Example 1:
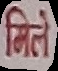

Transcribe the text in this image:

मिले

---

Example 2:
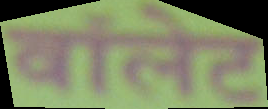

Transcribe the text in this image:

वांलेट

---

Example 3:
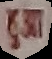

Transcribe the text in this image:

हुआ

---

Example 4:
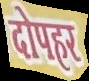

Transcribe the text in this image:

दोपहर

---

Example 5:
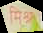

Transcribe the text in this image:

मिश्र